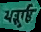
ਪੜਾਓ